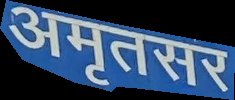
अमृतसर